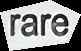
rare